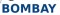
BOMBAY